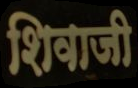
शिवाजी